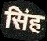
सिंह